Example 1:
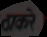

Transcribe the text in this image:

ठाकरे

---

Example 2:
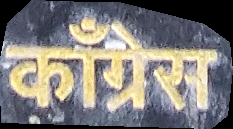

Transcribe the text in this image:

काँग्रेस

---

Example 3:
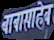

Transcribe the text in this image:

बाबासाहेब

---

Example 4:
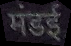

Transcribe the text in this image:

मंडई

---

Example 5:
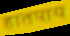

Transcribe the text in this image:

हातपाय